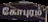
கோபுரம்